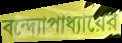
বন্দ্যেয়পাধ্যায়ের